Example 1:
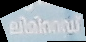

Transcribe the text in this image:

ലിമിററഡ്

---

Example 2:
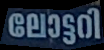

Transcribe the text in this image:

ലോട്ടറി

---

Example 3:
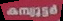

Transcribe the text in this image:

കമ്പ്യൂട്ടർ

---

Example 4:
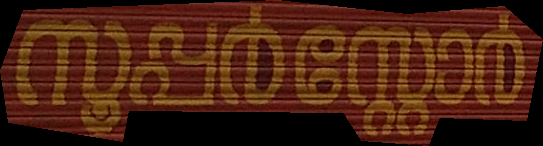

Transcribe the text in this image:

സൂപ്പർസ്റ്റോർ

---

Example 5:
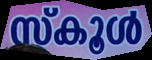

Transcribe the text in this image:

സ്‌കൂൾ